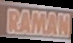
RAMAN